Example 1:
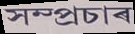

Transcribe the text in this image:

সম্প্রচাৰ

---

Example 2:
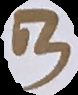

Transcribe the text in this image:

ও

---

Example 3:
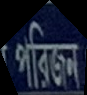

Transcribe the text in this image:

পরিজন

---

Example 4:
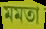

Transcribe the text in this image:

মমতা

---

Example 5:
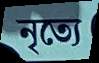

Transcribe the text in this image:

নৃত্যে